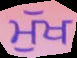
ਮੁੱਖ